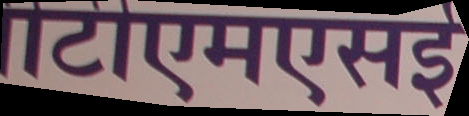
टीएमएसई